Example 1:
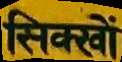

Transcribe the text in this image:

सिक्खों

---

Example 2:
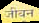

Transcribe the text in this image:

जीवन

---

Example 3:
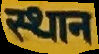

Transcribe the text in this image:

स्थान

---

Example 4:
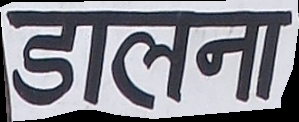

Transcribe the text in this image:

डालना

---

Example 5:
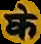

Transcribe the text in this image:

के